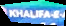
KHALIFA-E